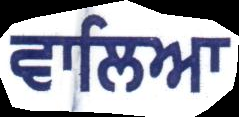
ਵਾਲਿਆ